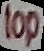
top